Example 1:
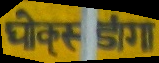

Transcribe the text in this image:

घोक्सडांगा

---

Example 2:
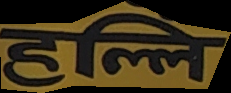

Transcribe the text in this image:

हल्लि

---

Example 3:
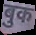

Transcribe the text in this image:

बुक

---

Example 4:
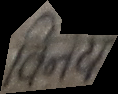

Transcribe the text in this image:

विनय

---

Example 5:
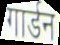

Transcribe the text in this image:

गार्डन